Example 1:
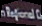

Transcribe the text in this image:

Regional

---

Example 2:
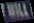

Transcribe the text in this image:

WILL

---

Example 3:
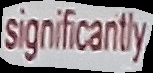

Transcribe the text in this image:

significantly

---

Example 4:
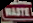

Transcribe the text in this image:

WASTE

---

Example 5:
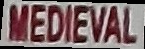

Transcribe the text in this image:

MEDIEVAL